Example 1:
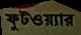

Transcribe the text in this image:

ফুটওয়্যার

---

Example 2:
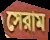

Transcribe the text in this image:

সেরাম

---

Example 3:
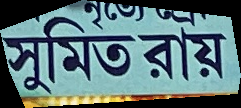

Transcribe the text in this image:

সুমিত রায়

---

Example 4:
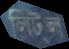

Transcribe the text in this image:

লিট্ল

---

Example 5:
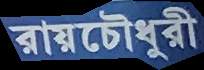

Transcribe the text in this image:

রায়চৌধুরী